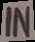
IN